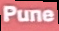
Pune